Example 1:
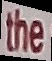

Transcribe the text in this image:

the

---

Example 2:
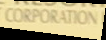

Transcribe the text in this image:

CORPORATION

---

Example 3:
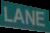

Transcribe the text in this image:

LANE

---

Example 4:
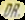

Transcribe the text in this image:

DR.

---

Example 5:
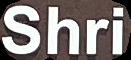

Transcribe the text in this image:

Shri